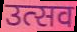
उत्सव